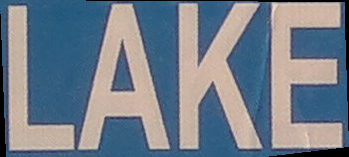
LAKE